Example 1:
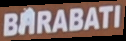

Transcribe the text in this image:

BARABATI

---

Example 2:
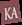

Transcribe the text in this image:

KA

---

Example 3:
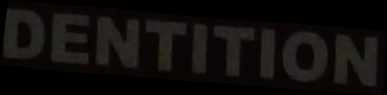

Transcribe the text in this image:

DENTITION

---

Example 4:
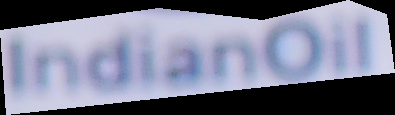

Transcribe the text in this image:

IndianOil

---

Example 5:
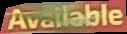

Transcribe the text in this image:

Available